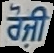
ਰੋਜੀ